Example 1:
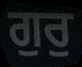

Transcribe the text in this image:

ਗੁਰੁ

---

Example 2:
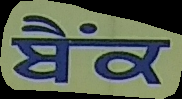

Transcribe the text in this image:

ਬੈਂਕ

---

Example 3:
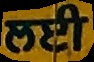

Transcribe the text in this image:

ਲਈ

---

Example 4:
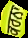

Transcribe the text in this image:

ਕਰਨਾ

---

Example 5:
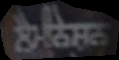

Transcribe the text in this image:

ਨੈਮੀਨੇਸਨ